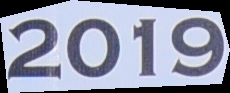
2019